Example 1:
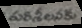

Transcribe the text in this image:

పరిశీలనకు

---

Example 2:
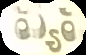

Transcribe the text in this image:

వ్యవ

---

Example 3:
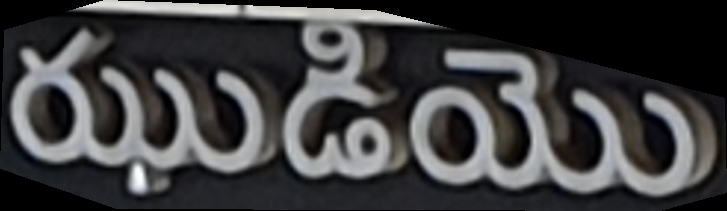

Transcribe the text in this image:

ఝడియొ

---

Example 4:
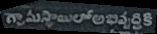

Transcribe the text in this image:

గ్రామస్థాయిలో అభివృద్దికి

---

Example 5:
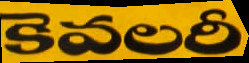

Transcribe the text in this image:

కెవలరీ